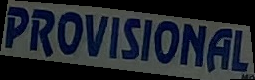
PROVISIONAL